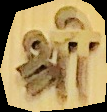
श्री